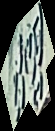
ಜಿಲ್ಲಾ